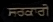
ਸਰਕਾਰੀ